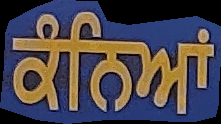
ਕੰਨਿਆਂ